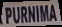
PURNIMA